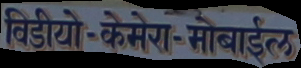
विडीयो-केमेरा-मोबाईल